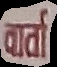
वार्ता